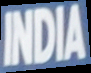
INDIA